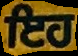
ਇਹ